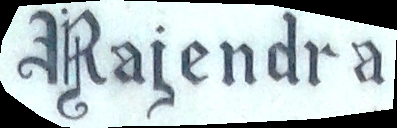
Rajendra